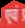
एवं